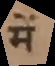
में